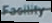
Facility